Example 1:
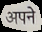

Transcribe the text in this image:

अपने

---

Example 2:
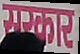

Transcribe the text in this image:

सरकार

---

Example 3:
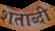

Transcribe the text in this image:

शताब्दी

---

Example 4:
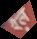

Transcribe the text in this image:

रेल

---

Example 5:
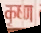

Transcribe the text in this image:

कृष्‍ण